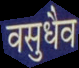
वसुधैव